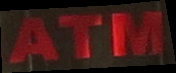
ATM